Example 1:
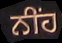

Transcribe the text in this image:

ਨੀਂਹ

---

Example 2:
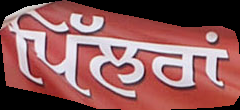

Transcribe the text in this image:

ਪਿੱਲਰਾ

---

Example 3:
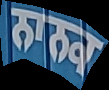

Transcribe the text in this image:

ਨਾਨਕ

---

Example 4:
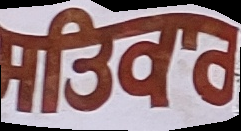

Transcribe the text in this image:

ਤਿਕਾਰ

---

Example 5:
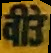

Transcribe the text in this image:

ਕੀਤੇ